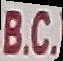
B.C.